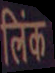
लिंक